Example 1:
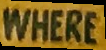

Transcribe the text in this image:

WHERE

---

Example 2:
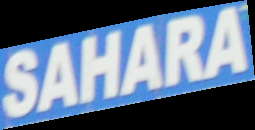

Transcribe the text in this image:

SAHARA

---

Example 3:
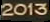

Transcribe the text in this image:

2013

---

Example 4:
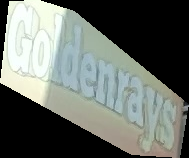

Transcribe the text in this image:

Goldenrays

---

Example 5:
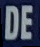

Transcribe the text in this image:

DE